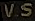
VS